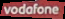
vodafone